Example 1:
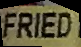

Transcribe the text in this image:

FRIED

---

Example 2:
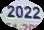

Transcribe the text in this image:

2022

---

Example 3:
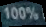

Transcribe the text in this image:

100%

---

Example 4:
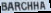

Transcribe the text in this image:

BARCHHA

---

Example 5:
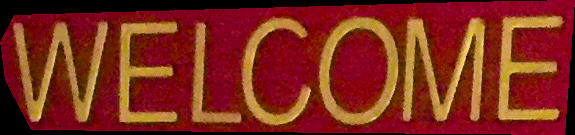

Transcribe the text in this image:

WELCOME